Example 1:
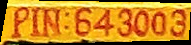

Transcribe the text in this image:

PIN:643003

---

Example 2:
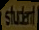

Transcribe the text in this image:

student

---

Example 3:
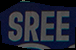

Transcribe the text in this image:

SREE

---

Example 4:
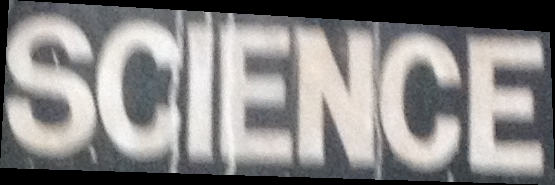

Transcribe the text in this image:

SCIENCE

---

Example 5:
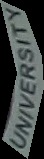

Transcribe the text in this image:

UNIVERSITY